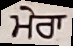
ਮੇਰਾ